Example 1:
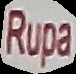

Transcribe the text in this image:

Rupa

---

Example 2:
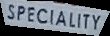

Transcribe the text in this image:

SPECIALITY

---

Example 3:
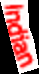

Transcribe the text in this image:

Indian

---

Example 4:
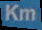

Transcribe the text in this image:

Km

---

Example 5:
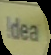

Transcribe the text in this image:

idea